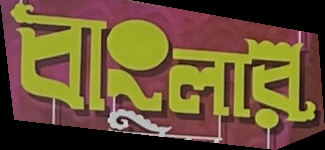
বাংলার